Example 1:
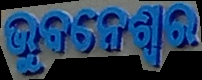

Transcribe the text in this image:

ଭୁବନେଶ୍ୱର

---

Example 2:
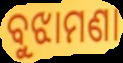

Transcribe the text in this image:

ବୁଝାମଣା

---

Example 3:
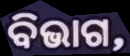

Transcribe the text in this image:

ବିଭାଗ,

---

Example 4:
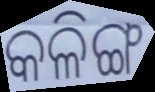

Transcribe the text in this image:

କଳିଙ୍ଗ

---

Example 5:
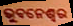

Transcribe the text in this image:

ଭୁବନେଶ୍ୱର